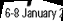
6-8January2